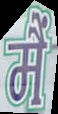
मैं